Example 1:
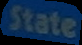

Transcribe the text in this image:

State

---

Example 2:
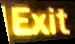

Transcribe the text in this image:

Exit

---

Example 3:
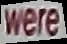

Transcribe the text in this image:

were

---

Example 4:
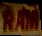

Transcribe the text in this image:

RAM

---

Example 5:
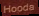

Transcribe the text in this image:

Hooda